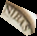
NIBAS